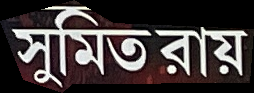
সুমিতরায়